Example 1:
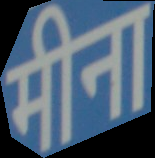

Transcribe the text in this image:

मीना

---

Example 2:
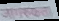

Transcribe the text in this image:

जागरुकता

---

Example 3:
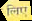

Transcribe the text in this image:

लिए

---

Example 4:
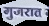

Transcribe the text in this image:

गुजरात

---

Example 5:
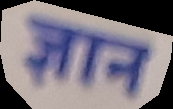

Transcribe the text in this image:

ज्ञान